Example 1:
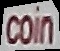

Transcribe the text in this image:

coin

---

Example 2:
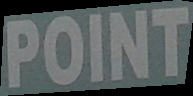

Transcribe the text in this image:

POINT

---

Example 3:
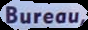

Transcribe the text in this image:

Bureau,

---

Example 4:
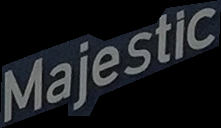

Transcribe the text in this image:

Majestic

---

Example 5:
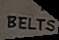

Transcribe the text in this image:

BELTS